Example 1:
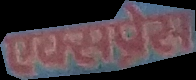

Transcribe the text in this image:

एक्सप्रेस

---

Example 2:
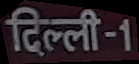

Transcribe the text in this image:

दिल्ली-1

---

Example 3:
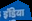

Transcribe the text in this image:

इंडिया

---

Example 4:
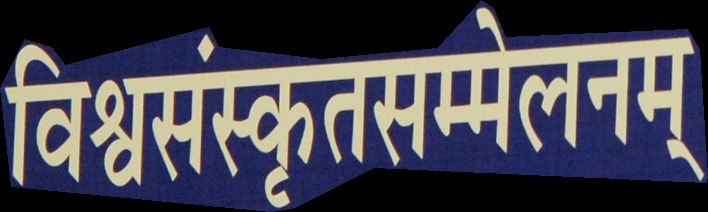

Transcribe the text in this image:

विश्वसंस्कृतसम्मेलनम्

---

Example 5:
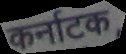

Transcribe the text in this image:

कर्नाटक